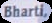
Bharti,